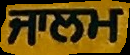
ਜਾਲਮ